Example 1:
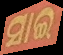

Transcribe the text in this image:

ସାଇ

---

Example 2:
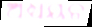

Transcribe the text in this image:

ଅଥୟନ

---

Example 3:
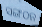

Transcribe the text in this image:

ସଙ୍ଗଠନ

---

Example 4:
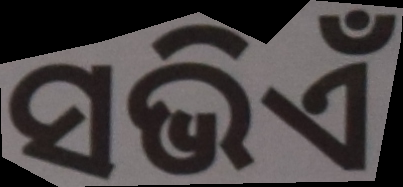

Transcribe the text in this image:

ସଭିଏଁ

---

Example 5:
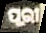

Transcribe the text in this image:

ପୂରୀ